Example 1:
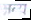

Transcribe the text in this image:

अन्य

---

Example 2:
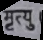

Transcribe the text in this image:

मृत्यु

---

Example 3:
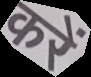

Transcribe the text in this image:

करें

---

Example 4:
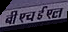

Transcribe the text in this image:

बीएचईएल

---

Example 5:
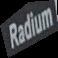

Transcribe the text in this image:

१९८००००